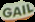
GAIL